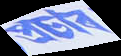
প্রচাৰ